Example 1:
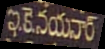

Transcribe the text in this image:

ఇ.కె.నయనార్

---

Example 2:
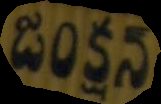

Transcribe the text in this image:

జంక్షన్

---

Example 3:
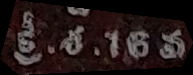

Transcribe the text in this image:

క్రీ.శ.16 వ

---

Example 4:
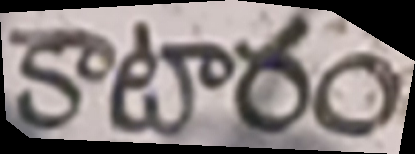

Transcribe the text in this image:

కాటారం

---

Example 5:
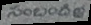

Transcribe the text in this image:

సంబందీర్థ